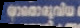
യാതൊരുവിധ